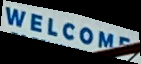
WELCOME